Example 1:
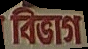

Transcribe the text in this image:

বিভাগ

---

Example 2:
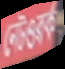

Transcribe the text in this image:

নেটওর্যক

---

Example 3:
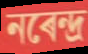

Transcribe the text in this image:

নৰেন্দ্ৰ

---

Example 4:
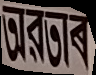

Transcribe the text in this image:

অৱতাৰ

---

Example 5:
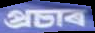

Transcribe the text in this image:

প্ৰচাৰ